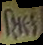
સિલ્ક